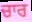
ਚਾਰ